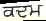
ਕਦਮ